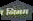
निगम